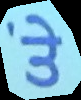
ਤੇ